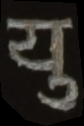
यु